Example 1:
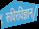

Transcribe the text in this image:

रुधिरविज्ञान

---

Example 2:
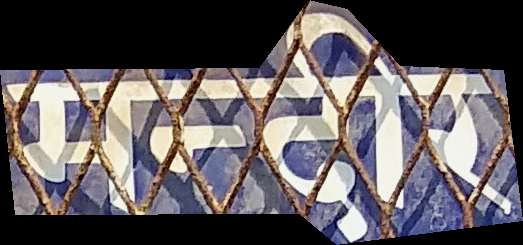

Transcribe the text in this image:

मन्दीर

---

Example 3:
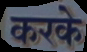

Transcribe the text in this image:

करके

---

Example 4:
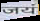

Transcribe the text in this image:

जयं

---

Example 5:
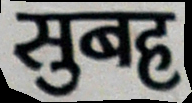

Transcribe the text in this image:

सुबह